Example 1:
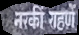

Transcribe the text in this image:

नरकीं-राहणें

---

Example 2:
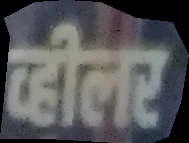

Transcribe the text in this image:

व्हीलर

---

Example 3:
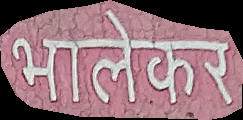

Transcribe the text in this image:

भालेकर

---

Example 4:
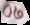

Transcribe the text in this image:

०७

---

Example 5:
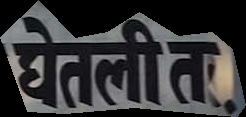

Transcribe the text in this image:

घेतली त.